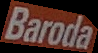
Baroda